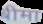
बीमा